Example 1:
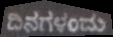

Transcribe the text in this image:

ದಿನಗಳಂಮ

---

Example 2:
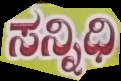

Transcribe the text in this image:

ಸನ್ನಿಧ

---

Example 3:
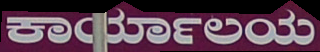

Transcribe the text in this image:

ಕಾರ್ಯಾಲಯ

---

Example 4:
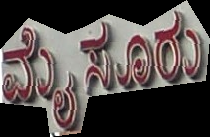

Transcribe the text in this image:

ಮೈಸೂರು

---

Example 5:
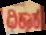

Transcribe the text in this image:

ಧಿಕಾಕ